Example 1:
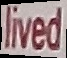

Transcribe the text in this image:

lived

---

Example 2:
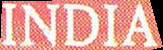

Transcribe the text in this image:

INDIA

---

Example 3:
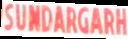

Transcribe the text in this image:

SUNDARGARH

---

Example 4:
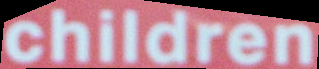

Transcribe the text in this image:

children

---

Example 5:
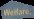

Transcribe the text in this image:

Welfare,